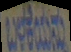
ಬಳಕೆಯನು